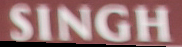
SINGH